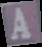
A